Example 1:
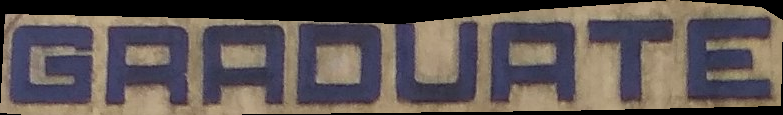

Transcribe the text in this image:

GRADUATE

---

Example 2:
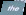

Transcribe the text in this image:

the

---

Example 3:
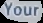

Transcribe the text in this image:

Your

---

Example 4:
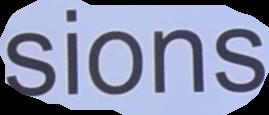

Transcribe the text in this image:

sions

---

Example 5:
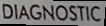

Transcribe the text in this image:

DIAGNOSTIC